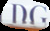
DG